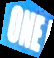
ONE